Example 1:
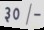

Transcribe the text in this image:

३०/-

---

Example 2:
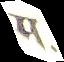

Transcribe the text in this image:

म.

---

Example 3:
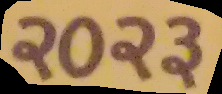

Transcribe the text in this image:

२0२३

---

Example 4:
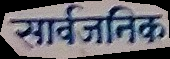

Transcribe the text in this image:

सार्वजनिक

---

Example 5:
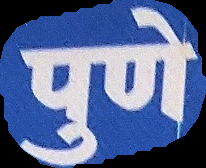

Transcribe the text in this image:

पुणे